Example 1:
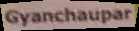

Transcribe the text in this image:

Gyanchaupar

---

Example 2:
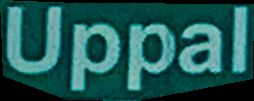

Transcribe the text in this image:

Uppal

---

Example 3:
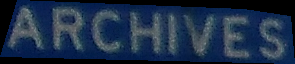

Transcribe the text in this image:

ARCHIVES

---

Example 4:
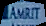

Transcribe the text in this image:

AMRIT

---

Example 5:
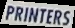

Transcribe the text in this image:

PRINTERS